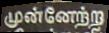
முன்னேற்ற